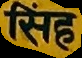
सिंह